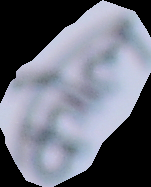
कोल